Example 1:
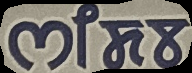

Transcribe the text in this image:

ꯁꯤꯗꯕ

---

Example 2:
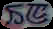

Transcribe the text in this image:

ꯏꯟ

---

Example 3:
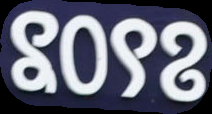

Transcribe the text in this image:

꯲꯰꯱꯴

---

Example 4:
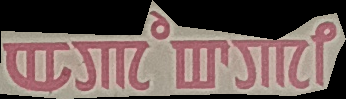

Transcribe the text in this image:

ꯑꯄꯣꯛꯄꯤ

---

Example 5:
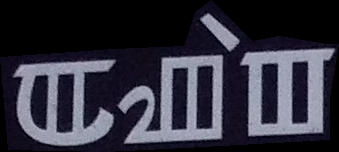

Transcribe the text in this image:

ꯑꯉꯥꯡ